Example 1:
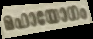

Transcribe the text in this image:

മഹായോഗം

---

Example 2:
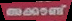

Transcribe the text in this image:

അക്കൗണ്ട്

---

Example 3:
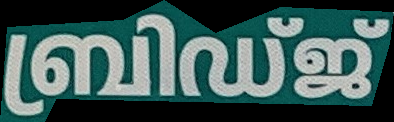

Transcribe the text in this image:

ബ്രിഡ്‌ജ്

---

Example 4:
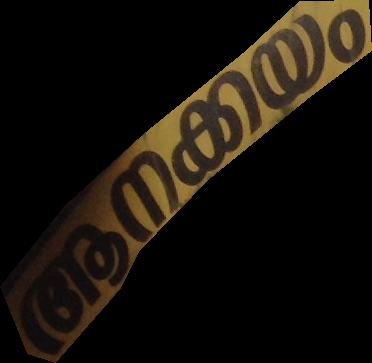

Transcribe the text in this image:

അനക്കയം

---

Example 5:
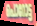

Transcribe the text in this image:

പൊറോട്ട